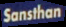
Sansthan